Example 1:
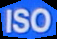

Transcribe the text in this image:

ISO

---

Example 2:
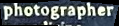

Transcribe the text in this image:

photographer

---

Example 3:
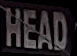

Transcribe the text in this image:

HEAD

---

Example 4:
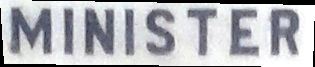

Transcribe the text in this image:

MINISTER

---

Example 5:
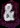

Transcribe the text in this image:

&